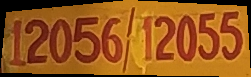
12056/12055